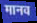
मानव